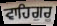
ਵਾਹਿਗੁਰੂ